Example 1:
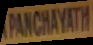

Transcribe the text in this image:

APANCHAYATH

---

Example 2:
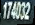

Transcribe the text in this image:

174032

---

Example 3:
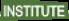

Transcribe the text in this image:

INSTITUTE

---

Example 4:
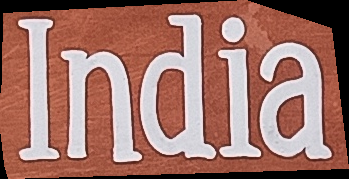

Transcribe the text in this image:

India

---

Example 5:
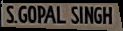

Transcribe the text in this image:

S.GOPALSINGH